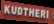
KUDTHERI